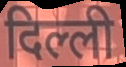
दिल्ली